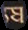
ਬ